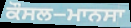
ਕੌਸਲ-ਮਾਨਸਾ